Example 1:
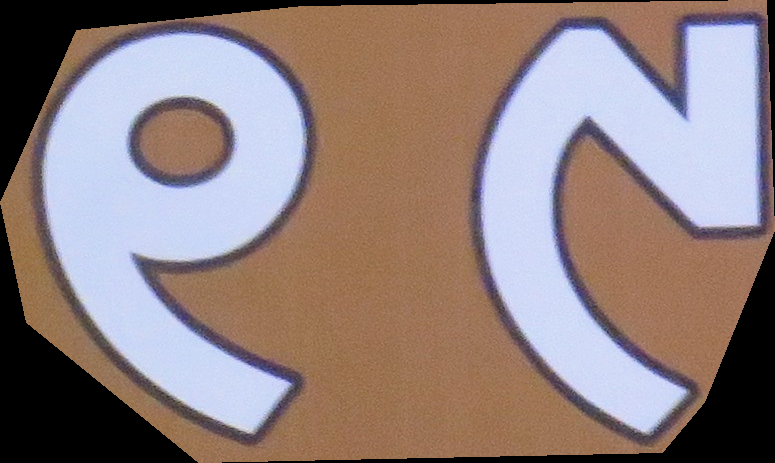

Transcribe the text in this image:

୧୯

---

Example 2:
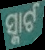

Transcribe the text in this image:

ସ୍ମାର୍ଟ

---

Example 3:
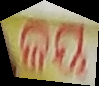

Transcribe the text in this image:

ଜୟ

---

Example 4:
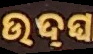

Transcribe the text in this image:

ଉଦ୍‌ଘା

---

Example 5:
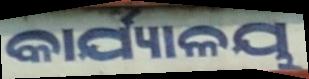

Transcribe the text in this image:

କାର୍ଯ୍ୟାଳୟ